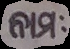
ନାମ: